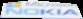
NOKIA